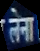
लेना